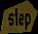
step